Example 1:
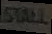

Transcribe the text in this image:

STALL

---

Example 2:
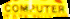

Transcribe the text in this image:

COMPUTER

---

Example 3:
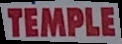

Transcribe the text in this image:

TEMPLE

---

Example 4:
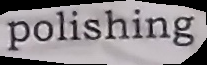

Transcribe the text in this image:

polishing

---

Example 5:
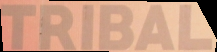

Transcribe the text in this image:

TRIBAL